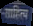
साहित्य